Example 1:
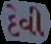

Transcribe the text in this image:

દેવી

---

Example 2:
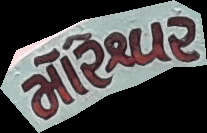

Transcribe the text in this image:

2024-02-23 16:09:59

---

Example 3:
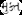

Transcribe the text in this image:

મુકત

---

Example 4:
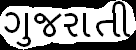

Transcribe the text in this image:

ગુજરાતી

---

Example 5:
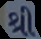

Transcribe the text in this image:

શ્રી